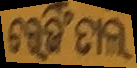
ବୋଜିଚାଲି